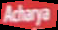
Acharya